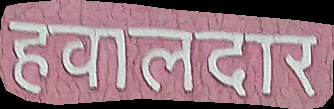
हवालदार